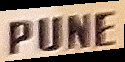
PUNE